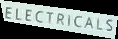
ELECTRICALS